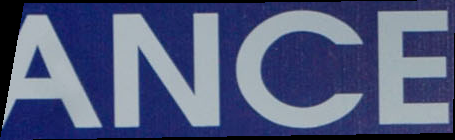
ANCE